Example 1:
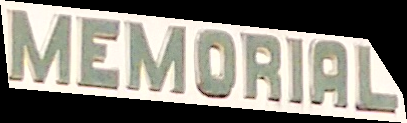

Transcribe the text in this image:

MEMORIAL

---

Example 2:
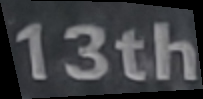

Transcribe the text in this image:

13th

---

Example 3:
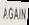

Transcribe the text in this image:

AGAIN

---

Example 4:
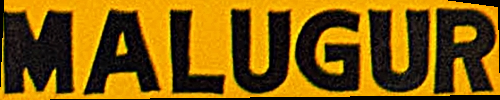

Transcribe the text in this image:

MALUGUR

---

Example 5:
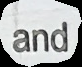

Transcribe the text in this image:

and